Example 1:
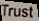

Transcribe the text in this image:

Trust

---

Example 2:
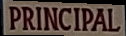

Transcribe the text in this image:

PRINCIPAL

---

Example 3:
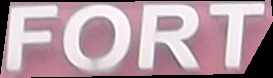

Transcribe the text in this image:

FORT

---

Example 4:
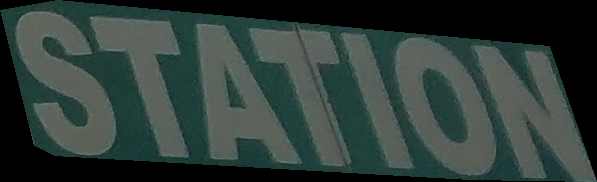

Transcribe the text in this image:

STATION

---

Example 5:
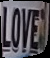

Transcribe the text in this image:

LOVE